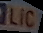
LIC